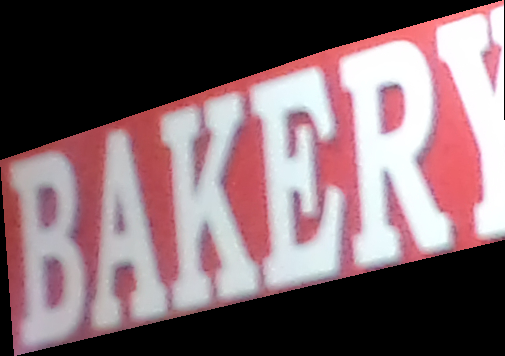
BAKERY